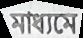
মাধ্যমে